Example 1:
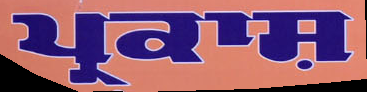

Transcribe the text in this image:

ਪ੍ਰਕਾਸ਼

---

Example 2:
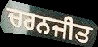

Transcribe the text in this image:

ਚਰਨਜੀਤ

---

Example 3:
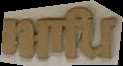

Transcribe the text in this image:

ਆਪਿ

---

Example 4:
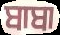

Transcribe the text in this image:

ਬਾਬਾ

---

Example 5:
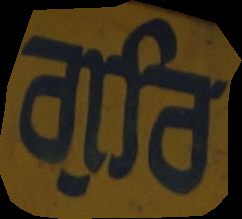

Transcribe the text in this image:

ਗੁਰਿ